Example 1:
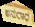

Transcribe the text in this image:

ಅನುರಾಧ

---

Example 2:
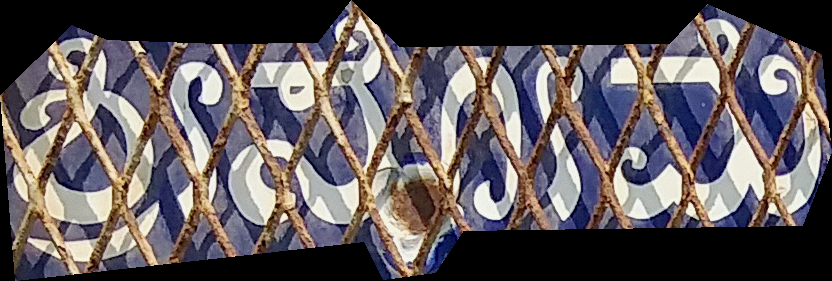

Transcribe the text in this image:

ಶ್ರೀಪೋಮ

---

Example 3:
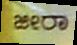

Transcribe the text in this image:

ಜೀರಾ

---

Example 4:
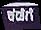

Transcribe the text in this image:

ಕಡೆಗ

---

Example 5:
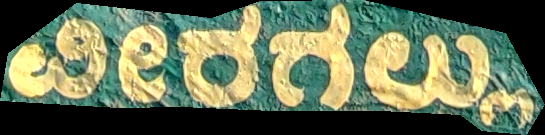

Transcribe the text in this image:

ವೀರಗಲ್ಲು